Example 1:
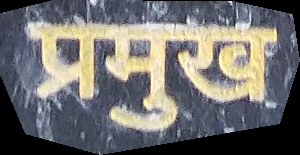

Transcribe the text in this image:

प्रमुख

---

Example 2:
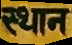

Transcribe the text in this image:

स्थान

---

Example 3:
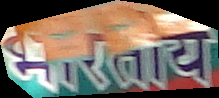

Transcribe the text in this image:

भारतीय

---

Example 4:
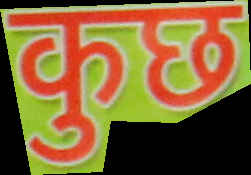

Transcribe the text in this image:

कुछ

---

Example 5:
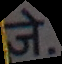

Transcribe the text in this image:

जे.